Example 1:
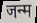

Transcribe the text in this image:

जन्म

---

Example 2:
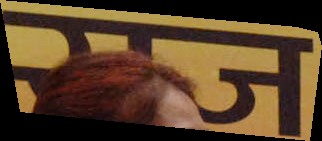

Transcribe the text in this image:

राज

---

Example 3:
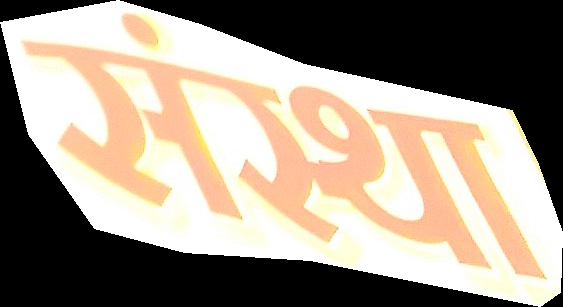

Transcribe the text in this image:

संस्था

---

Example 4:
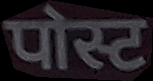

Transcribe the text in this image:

पोस्ट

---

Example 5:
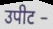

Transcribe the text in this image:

उपीट-